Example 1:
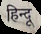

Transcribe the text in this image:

हिन्दू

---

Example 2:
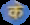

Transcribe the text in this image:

के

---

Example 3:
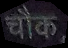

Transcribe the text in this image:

चौक,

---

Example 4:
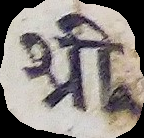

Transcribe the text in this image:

श्री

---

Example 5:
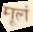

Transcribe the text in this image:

मूलं